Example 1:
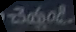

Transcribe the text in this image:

చేయండి.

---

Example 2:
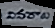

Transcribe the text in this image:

వివరాల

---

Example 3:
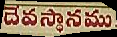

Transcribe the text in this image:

దేవస్థానము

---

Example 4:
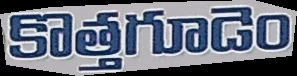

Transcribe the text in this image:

కొత్తగూడెం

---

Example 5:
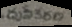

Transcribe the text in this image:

ధృవీకరణ